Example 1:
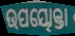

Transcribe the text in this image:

ଉପ‌ୟୋକ୍ତା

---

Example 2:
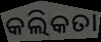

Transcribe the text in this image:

କଲିକତା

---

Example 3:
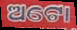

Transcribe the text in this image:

ଅଚୋ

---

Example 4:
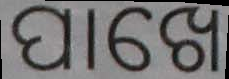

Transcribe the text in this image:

ପାଖେ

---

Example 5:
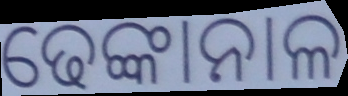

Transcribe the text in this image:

ଢେଙ୍କାନାଳ